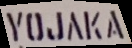
YOJAKA